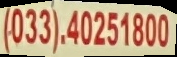
(033).40251800